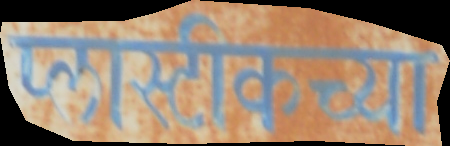
प्लास्टीकच्या